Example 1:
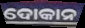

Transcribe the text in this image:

ଦୋକାନ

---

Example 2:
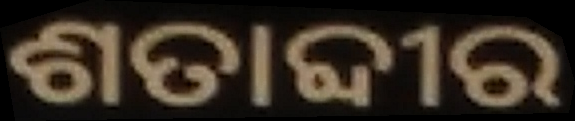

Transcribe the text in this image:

ଶତାବ୍ଦୀର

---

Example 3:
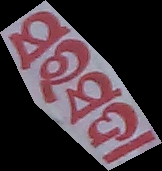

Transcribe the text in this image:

ସରସଦା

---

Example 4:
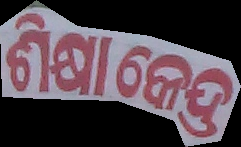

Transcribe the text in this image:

ଶିକ୍ଷା କେନ୍ଦ୍ର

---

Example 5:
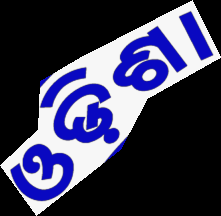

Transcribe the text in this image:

ଓଡ଼ିଶା